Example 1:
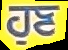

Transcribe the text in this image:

ਹੁਣ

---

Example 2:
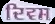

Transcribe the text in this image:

ਦਿਵਸ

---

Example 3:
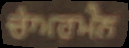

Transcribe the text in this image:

ਚੇਅਰਮੈਨ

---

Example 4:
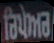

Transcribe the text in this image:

ਰਿਪੇਅਰ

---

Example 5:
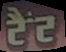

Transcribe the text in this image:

ਦੈਂਦ